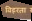
विहरता